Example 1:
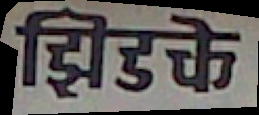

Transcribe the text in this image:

झिडके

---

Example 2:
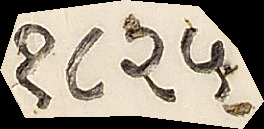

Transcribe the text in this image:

१८२५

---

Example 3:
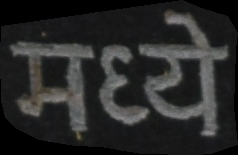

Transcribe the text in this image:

मध्ये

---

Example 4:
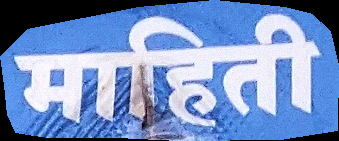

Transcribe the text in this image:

माहिती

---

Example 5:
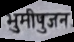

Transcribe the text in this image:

भुमीपुजन